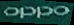
OPPO